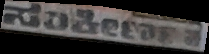
ಸಂಕೀರ್ಣತ